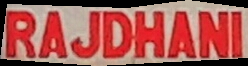
RAJDHANI